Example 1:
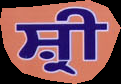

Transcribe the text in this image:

ਸ਼੍ਰੀ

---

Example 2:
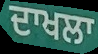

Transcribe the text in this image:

ਦਾਖਲਾ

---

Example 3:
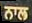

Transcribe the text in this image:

ਨਾਲ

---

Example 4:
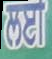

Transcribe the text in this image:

ਲਈ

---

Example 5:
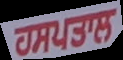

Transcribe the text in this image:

ਹਸਪਤਾਲ